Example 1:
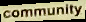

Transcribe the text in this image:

community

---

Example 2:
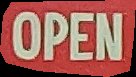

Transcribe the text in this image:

OPEN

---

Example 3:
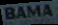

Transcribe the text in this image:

BAMA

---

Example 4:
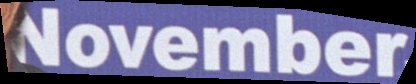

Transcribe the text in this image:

November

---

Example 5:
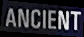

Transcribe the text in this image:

ANCIENT